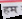
हम